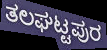
ತಲಘಟ್ಟಪುರ